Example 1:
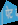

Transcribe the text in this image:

पेट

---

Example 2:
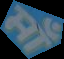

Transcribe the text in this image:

माँ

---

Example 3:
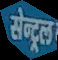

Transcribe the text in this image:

सेन्ट्रल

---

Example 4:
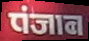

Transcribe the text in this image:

पंजाब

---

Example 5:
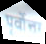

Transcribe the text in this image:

पूर्वोत्तर